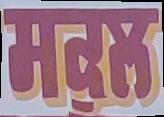
ਸਕੂਲ